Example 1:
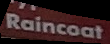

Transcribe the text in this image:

Raincoat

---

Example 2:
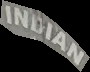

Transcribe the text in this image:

INDIAN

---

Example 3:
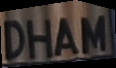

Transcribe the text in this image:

DHAM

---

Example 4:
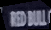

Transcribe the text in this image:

REDBULL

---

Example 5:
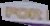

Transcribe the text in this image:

FOR